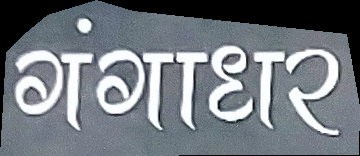
गंगाध२